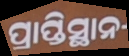
ପ୍ରାପ୍ତିସ୍ଥାନ-